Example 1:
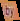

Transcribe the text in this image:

by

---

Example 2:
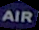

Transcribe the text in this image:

AIR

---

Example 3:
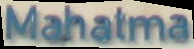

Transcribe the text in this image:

Mahatma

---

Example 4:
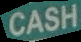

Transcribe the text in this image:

CASH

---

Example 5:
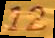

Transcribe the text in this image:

12